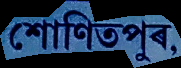
শোণিতপুৰ,